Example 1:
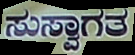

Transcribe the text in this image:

ಸುಸ್ವಾಗತ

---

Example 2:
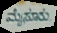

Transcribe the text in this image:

ಮೈಸೂರು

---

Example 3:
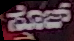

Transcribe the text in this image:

ಸೊಜ್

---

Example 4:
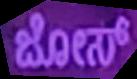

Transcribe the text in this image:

ಜೋಸ್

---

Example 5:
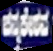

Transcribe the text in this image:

ಚನ್ನಕೇಶವ